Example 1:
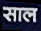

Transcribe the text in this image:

साल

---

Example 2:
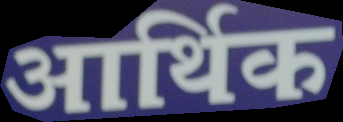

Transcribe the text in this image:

आर्थिक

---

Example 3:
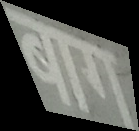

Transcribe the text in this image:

बाग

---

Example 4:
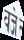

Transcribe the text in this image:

बजे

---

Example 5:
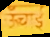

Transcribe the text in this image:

उँचाई